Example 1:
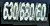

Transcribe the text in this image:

630/680/60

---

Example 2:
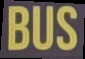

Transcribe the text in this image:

BUS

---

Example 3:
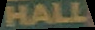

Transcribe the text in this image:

HALL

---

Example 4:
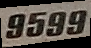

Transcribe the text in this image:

9599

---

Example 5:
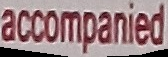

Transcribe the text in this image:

accompanied